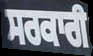
ਸਰਕਾਰੀ